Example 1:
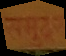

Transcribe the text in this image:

समुद्र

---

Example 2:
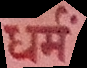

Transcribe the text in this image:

धर्मं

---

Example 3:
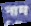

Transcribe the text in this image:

नाम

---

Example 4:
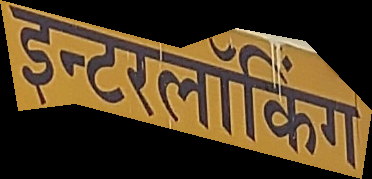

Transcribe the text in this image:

इन्टरलॉकिंग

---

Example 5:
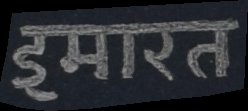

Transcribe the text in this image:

इमारत